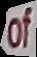
of